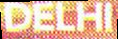
DELHI